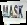
MASK